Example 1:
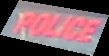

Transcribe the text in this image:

POLICE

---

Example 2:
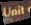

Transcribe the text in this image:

Unit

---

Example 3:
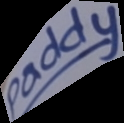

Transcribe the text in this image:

Paddy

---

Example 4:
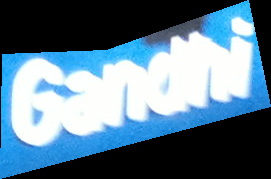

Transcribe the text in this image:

Gandhi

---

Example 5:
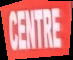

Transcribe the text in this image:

CENTRE